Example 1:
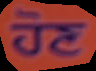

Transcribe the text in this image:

ਹੋਣ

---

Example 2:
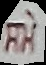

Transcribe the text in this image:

ਸਮੇ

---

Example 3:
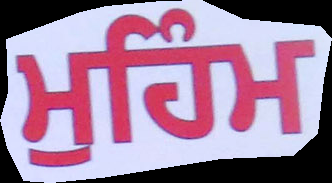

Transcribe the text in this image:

ਮੁਹਿੰਮ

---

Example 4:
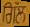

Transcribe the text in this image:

ਗਿੱਲ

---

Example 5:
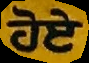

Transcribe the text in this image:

ਹੋਏ